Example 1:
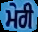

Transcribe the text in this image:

ਮੇਰੀ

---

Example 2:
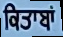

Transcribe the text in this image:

ਕਿਤਾਬਾਂ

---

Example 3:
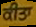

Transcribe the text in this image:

ਕੀਤਾ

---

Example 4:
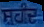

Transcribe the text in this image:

ਸ਼ਰੀਦ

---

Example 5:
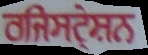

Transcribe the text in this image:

ਠਜਿਸਟੇ੍ਸ਼ਨ